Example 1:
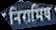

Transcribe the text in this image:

निरामिष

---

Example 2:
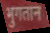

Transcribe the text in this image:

भुगतान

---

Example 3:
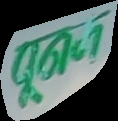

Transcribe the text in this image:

पूनम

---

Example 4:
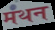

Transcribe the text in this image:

मंथन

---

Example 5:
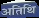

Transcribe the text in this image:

अतिथि